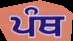
ਪੰਥ